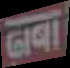
ढाबा